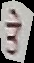
ਤੇ